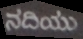
ನದಿಯು